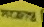
সংক্রান্ত